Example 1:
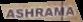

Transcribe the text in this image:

ASHRAMA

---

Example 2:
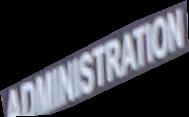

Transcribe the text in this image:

ADMINISTRATION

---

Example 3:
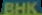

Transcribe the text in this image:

BHK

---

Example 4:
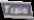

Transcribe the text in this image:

Train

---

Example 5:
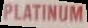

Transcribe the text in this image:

PLATINUM